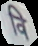
वि